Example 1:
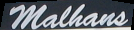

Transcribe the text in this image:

Malhans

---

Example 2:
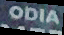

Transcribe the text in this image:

ODIA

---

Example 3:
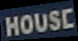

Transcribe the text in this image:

HOUSE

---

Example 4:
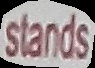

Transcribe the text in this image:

stands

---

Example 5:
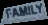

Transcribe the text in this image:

FAMILY